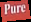
Pure